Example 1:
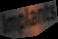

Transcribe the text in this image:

Implants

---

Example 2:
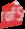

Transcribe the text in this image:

ofS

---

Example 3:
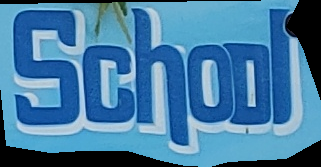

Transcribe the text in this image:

School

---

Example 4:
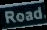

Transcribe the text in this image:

Road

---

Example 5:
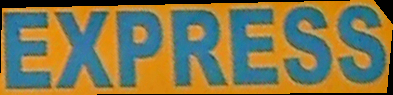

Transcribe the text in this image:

EXPRESS